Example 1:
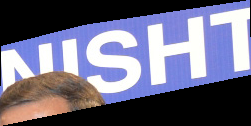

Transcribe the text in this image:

NISHT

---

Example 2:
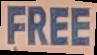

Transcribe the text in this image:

FREE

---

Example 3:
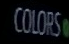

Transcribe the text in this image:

COLORS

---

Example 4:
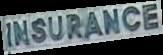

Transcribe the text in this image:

INSURANCE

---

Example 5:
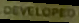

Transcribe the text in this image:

DEVELOPED